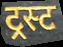
ट्रस्ट